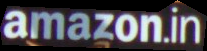
amazon.in